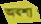
অবশ্য